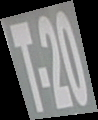
T-20